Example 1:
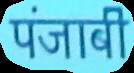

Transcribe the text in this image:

पंजाबी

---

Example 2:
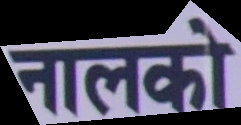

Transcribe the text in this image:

नालको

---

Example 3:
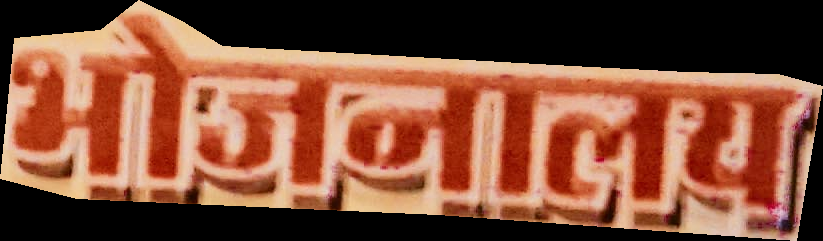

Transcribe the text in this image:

भोजनालय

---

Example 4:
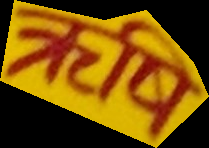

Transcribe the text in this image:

ऋषि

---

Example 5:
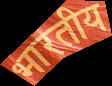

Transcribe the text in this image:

भारतीय